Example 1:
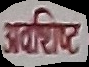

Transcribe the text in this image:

अवशिष्ट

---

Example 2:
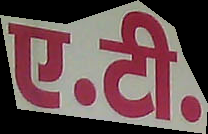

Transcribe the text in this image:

ए.टी.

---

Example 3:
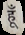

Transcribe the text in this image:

हूँ।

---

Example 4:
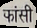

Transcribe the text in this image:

फांसी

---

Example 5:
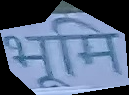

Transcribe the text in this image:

भूमि